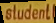
student